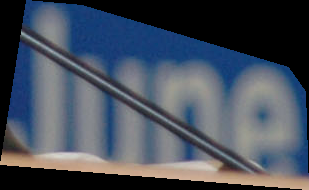
June